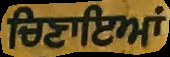
ਚਿਣਾਇਆਂ